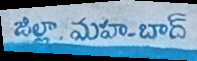
జిల్లా, మహ-బాద్